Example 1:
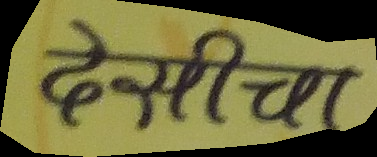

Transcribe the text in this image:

देसीचा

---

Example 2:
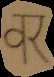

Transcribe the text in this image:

वर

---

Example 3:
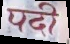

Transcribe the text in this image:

पदी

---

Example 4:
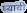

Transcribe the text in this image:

घ्यावी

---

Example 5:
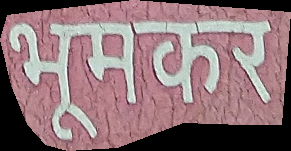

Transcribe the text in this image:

भूमकर